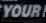
YOUR